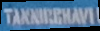
TANNIRBHAVI